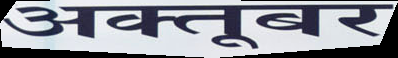
अक्तूबर